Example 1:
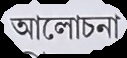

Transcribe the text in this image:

আলোচনা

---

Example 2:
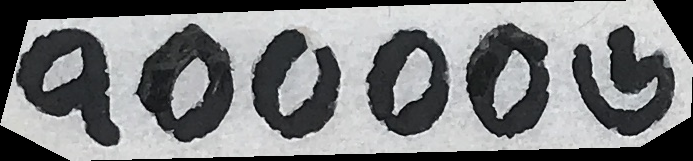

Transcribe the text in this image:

৭০০০০৬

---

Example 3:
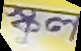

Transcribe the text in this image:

স্কুল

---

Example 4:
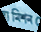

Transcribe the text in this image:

বিশন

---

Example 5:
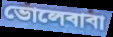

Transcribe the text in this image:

ভোলেবাবা